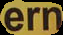
ern